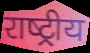
राष्ट्रीय